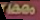
കരം